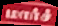
மாா்ச்